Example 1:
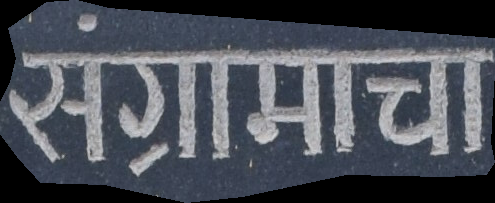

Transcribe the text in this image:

संग्रामाचा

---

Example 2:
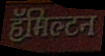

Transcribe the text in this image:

हॅमिल्टन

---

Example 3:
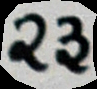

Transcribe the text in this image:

२३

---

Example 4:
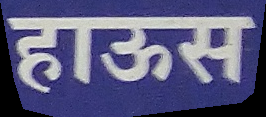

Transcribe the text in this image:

हाऊस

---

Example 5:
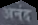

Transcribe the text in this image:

अनंद